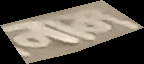
नाम